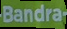
Bandra